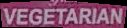
VEGETARIAN